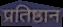
प्रतिष्ठान